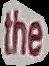
the